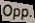
Opp.